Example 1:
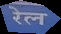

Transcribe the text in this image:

रेल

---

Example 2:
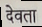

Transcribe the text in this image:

देवता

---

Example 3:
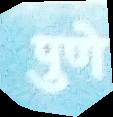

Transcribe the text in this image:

पुणे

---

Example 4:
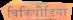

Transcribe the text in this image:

विकिपीडिया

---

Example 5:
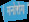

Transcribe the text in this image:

मनोरोग